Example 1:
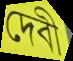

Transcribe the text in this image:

দেবী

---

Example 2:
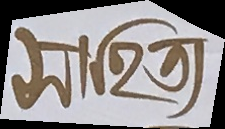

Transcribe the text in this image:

সাহিত্য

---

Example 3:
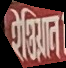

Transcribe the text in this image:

ইন্ডিয়ান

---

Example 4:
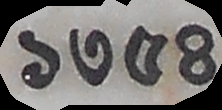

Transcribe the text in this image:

১৩৫৪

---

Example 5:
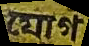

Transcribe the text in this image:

মোগ